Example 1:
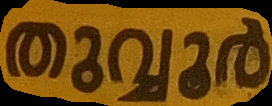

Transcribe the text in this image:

തുവ്വൂർ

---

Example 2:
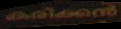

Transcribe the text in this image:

കരിക്കൻ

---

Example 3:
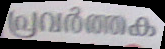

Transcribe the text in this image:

പ്രവർ‌ത്തക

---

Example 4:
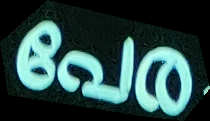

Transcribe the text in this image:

പേര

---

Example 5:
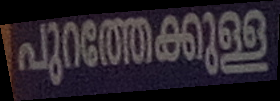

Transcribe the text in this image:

പുറത്തേക്കുള്ള